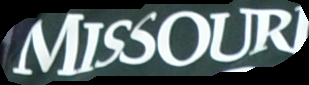
MISSOURI